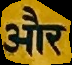
और